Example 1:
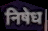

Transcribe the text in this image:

निषेध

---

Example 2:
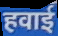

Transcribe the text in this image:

हवाई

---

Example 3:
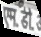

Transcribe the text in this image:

एम.डी.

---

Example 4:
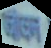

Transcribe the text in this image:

जीवन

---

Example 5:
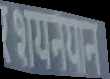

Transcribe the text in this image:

शयनयान